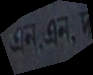
এন,এন,দ